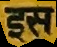
इस